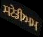
ਸਟੇਡੀਅਮ